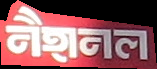
नैशनल